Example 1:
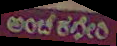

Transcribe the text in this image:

ಅಂಚಕಛೇರಿ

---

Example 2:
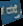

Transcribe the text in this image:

ರಸ್ತೆ,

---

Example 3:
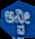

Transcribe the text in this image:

ಅನ್ವೀ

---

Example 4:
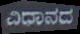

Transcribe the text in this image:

ವಿಧಾನದ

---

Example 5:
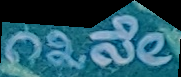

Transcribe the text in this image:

೧೩ನೇ